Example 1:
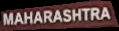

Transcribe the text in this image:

MAHARASHTRA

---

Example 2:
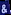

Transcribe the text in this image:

&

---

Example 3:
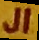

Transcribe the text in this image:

JI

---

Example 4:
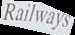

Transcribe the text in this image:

Railways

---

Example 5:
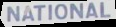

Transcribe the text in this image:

NATIONAL